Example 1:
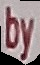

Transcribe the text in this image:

by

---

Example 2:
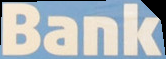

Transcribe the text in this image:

Bank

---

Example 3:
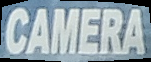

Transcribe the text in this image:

CAMERA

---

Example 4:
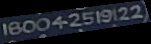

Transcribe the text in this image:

180042519122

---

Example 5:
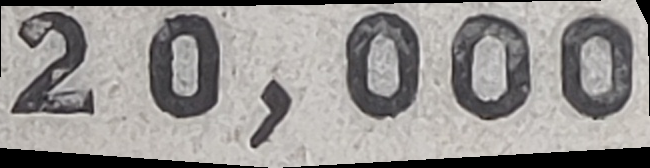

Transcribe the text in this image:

20,000